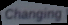
Changing